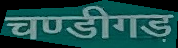
चण्डीगड़